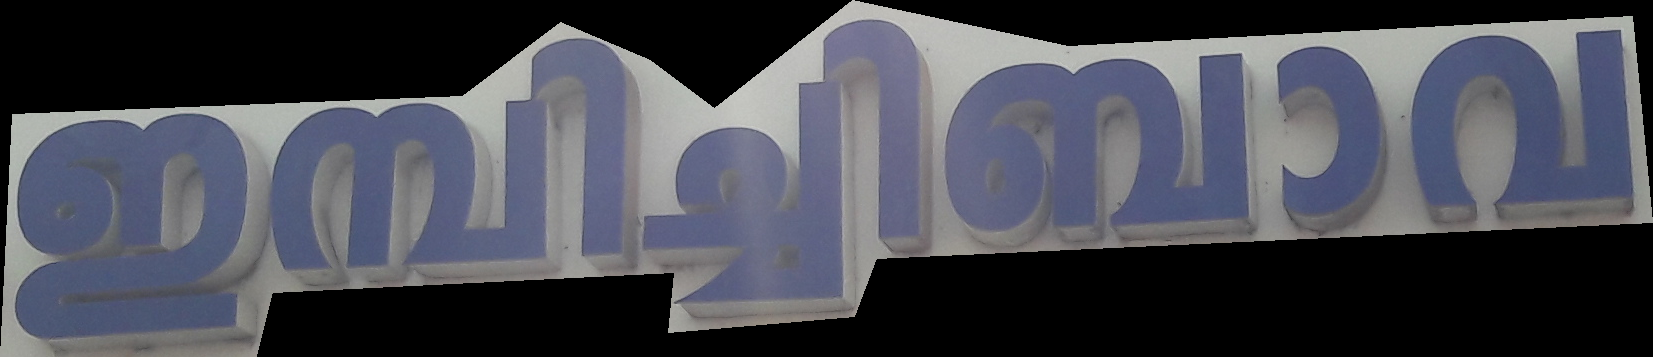
ഇമ്പിച്ചിബാവ